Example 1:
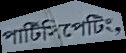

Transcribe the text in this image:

পার্টিসিপেটিং,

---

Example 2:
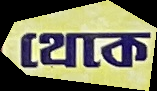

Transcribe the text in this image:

থোক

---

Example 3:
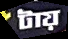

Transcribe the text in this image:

টায়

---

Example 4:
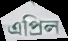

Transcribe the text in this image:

এপ্রিল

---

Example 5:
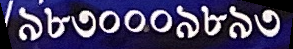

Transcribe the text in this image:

৯৮৩০০০৯৮৯৩